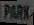
PARK